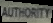
AUTHORITY